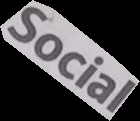
Social